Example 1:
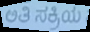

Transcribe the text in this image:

ಅತಿಸಕ್ರಿಯ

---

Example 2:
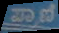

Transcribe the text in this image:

ಪಾಣಿ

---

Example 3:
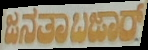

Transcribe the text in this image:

ಜನತಾಬಜಾರ್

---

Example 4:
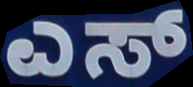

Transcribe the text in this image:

ಎಸ್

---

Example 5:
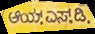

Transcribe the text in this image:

ಆಯ್. ಎಸ್. ಡಿ.